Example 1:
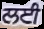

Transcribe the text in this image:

ਲਈ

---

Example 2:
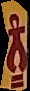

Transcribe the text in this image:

ਨੂੰ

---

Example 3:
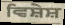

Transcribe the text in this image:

ਵਿਸ਼ੇਸ਼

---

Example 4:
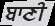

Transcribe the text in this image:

ਬਾਣੀ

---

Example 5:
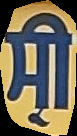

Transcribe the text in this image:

ਸੀ੍